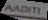
AADITI